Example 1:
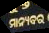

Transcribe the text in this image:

ମାନ୍ୟବର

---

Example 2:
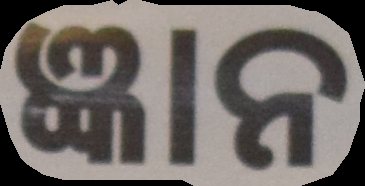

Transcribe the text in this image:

ଜ୍ଞାନ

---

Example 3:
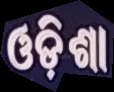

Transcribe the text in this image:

ଓଡ଼ିଶା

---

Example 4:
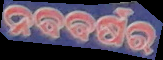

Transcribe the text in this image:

ନବବଷର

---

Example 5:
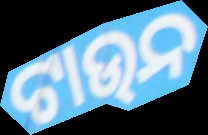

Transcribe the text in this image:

ଟାଉନ